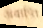
अवाप्‍ति